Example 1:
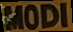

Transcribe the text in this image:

MODI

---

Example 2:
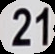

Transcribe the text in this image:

21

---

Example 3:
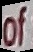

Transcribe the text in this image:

of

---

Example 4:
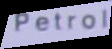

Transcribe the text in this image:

Petrol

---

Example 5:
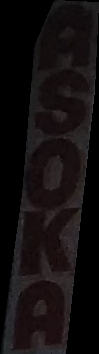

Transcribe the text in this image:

ASOKA